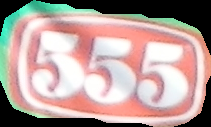
555